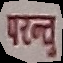
परन्तु